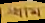
ধাম